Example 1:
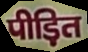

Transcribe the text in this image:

पीड़ित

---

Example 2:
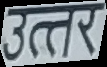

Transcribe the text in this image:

उत्‍तर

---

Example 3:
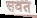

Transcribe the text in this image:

सवत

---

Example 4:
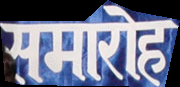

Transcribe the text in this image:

समारोह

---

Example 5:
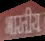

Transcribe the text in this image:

भारतीय